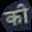
की